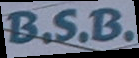
B.S.B.